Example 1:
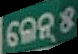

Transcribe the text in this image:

ଲେନ୍ ୫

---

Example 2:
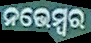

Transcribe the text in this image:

ନଭେମ୍ବର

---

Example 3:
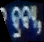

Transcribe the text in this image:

ଦ୍ରବ୍ୟ,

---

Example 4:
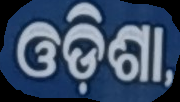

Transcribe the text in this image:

ଓଡ଼ିଆ ,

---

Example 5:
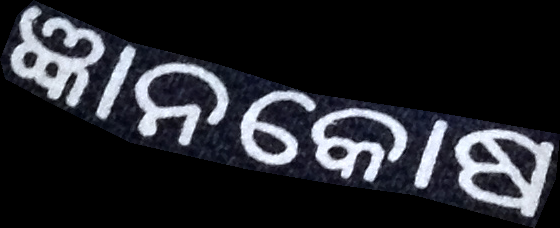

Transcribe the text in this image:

ଜ୍ଞାନକୋଷ